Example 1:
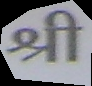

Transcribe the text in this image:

श्री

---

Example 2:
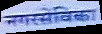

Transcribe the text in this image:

नगरसेविका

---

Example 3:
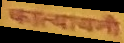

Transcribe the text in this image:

कात्यायनी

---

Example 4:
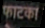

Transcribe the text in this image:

फाटका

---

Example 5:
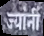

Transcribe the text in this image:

ज्यांनीं